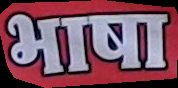
भाषा